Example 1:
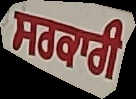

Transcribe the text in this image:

ਸਰਕਾਰੀ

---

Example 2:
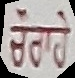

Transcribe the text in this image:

ਚੇਰਾਹੇ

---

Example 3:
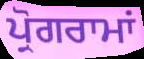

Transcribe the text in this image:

ਪ੍ਰੋਗਰਾਮਾ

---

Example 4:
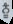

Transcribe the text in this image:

ਨੂੰ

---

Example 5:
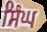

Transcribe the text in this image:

ਸਿੰਘ